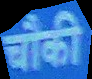
चौकी